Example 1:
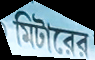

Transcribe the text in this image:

মিটারের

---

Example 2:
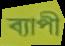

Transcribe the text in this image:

ব্যাপী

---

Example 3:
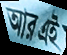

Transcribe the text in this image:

আরএই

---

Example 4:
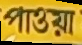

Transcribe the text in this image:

পাওয়া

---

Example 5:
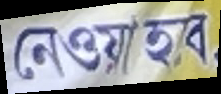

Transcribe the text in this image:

নেওয়া হবে